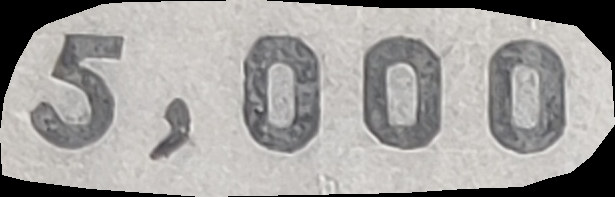
5,000